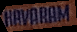
CHAVARAM